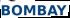
BOMBAY